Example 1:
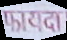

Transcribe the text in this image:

फायदा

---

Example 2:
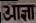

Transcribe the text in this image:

आज्ञा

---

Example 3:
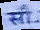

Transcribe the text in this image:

सौ.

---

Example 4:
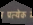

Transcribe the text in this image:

प्रत्येक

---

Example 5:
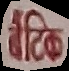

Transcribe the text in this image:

बैंटिक